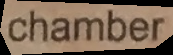
chamber